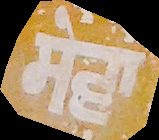
ਸੇਵਾ